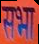
सभा